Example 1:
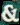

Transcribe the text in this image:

&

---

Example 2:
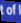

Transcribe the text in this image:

of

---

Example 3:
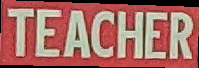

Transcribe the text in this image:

TEACHER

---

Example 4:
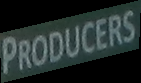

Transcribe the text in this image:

PRODUCERS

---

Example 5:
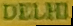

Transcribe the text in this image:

DELHI